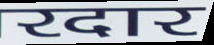
रदार